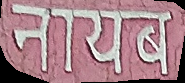
नायब